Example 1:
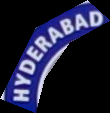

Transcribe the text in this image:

HYDERABAD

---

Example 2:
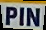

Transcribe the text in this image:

PIN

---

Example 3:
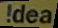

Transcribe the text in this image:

!dea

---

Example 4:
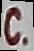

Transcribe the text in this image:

C.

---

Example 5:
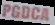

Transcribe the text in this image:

PGDCA